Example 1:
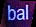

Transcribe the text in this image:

bal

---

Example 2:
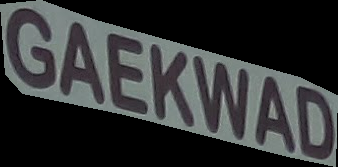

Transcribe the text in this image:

GAEKWAD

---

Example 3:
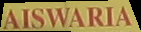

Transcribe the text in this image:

AISWARIA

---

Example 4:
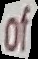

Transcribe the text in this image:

of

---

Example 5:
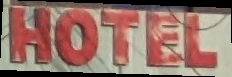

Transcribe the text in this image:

HOTEL